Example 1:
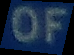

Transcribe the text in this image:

OF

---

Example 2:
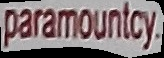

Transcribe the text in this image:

paramountcy.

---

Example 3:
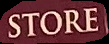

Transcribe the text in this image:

STORE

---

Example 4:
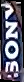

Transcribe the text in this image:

SONY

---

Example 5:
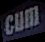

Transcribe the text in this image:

cum